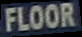
FLOOR